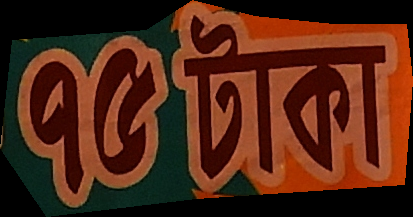
৭৫টাকা